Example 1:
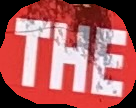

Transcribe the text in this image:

THE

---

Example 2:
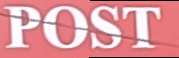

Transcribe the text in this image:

POST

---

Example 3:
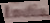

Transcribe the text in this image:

India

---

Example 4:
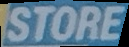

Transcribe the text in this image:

STORE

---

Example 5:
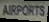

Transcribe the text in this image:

AIRPORTS